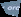
oro